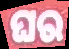
ଘର